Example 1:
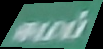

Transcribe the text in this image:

சுமப்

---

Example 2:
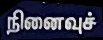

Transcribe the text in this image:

நினைவுச்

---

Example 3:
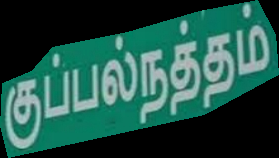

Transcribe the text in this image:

குப்பல்நத்தம்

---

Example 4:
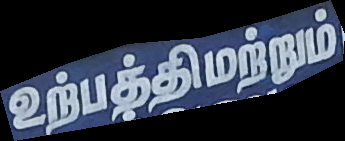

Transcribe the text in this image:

உற்பத்திமற்றும்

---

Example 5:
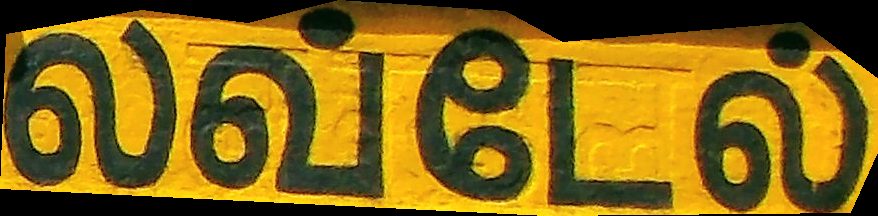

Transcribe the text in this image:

லவ்டேல்